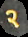
२